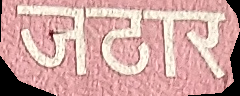
जठार